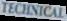
TECHNICAL